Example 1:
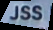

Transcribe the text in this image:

JSS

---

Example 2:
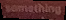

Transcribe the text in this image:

something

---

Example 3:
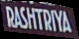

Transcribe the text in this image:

RASHTRIYA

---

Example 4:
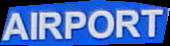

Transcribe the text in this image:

AIRPORT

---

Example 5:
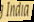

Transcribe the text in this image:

India